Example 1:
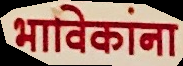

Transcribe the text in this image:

भाविकांना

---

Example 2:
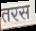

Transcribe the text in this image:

तरस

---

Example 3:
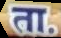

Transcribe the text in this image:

ता.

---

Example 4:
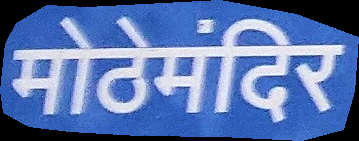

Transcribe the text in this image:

मोठेमंदिर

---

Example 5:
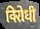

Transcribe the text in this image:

विरोधी